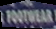
FOOTWEAR